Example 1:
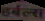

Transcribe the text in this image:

हर्बल्स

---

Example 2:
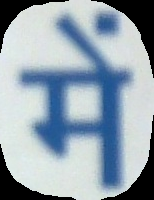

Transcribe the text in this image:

में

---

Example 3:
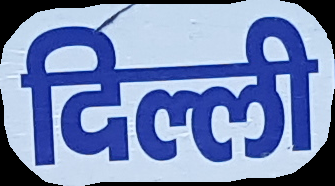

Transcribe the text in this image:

दिल्ली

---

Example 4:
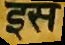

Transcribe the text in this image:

इस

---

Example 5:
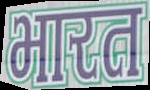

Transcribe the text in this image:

भारत